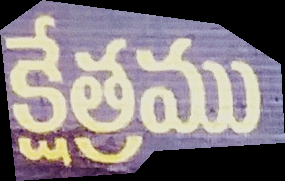
క్షేతమ